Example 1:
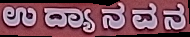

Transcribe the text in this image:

ಉದ್ಯಾನವನ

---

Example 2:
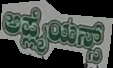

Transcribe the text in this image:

ಅಪ್ಲೈಯಸ್ಡ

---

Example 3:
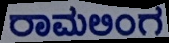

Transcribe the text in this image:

ರಾಮಲಿಂಗ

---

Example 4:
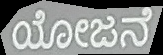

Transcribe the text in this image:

ಯೋಜನ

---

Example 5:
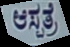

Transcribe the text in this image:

ಆಸ್ಪತ್ರ